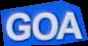
GOA